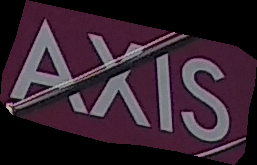
AXIS